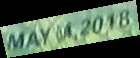
MAY04,2018